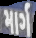
માર્ગ